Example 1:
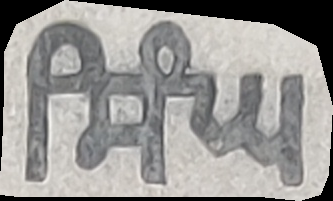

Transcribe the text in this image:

ਸਿੰਘ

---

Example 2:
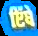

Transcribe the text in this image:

ਇੱਥੇ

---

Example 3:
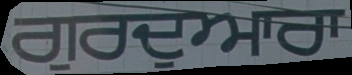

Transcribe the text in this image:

ਗੁਰਦੁਆਰਾ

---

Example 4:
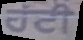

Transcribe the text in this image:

ਹਟੀ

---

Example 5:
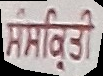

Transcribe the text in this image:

ਸੰਸਕ੍ਰਿਤੀ